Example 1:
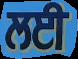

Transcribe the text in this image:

ਲਈ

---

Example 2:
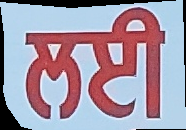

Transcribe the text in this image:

ਲਈ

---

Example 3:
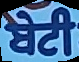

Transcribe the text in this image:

ਬੇਟੀ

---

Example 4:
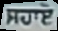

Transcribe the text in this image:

ਸਹਾੲੋ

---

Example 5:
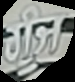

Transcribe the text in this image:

ਗੂੰਜ